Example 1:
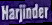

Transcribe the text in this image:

Harjinder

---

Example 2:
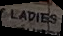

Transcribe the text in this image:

LADIES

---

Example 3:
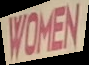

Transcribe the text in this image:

WOMEN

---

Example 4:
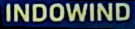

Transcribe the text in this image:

INDOWIND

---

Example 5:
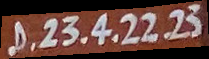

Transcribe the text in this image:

D.23.4.22.23